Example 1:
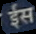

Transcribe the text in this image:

ईस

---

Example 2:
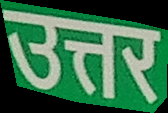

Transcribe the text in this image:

उत्तर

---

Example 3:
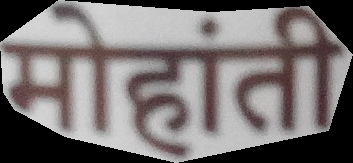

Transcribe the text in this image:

मोहांती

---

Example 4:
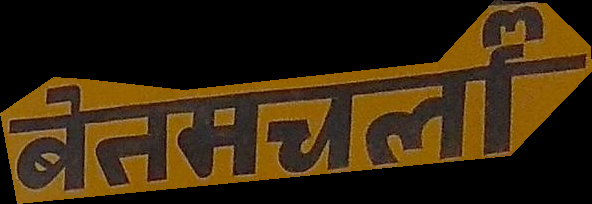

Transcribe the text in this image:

बेतमचर्ला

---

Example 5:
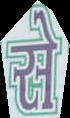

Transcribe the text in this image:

से